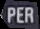
PER